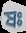
ਬਃ